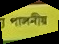
পালনীয়